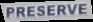
PRESERVE